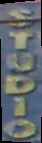
STUDIO